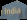
India